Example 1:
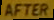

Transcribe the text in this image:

AFTER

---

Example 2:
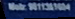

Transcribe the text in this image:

Mob: 9011341004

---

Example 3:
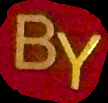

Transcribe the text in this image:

BY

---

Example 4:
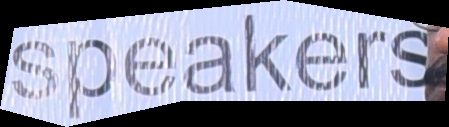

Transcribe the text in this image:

speakers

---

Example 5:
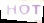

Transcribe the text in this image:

HOT